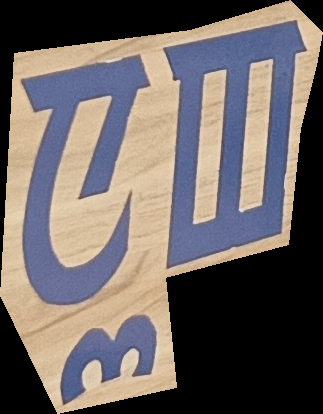
ꯅꯨꯡ